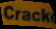
Crack